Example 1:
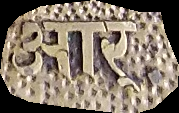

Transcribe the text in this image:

आर्.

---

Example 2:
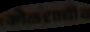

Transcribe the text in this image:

कोळशाची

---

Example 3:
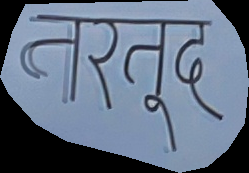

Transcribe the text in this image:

तरतूद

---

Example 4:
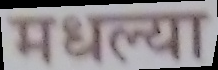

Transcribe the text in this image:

मधल्या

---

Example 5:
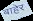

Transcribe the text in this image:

बाहेर